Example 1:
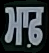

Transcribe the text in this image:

ਮਾਫ਼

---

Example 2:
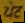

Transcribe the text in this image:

ਪੇਟ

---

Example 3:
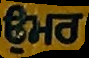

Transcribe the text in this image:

ਉਮਰ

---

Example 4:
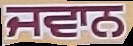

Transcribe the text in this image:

ਜਵਾਨ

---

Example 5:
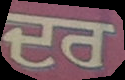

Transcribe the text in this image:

ਦਰ